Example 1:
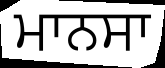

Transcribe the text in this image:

ਮਾਨਸਾ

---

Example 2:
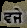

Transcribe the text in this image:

ਵਜੇ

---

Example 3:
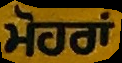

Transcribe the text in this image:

ਮੋਹਰਾਂ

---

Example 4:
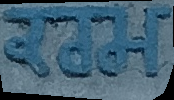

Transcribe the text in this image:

ਦਰਮ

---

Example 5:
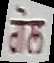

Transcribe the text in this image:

ਗੋਲ